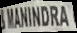
MANINDRA